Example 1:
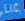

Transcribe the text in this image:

LIC,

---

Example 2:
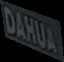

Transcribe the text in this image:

DAHUA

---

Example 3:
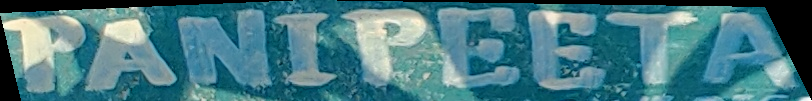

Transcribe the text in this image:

PANIPEETA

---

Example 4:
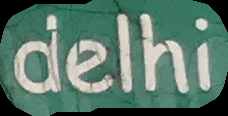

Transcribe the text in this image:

delhi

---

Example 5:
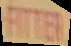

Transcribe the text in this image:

FITTER